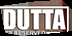
DUTTA